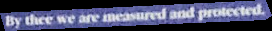
By thee we are measured and protected.